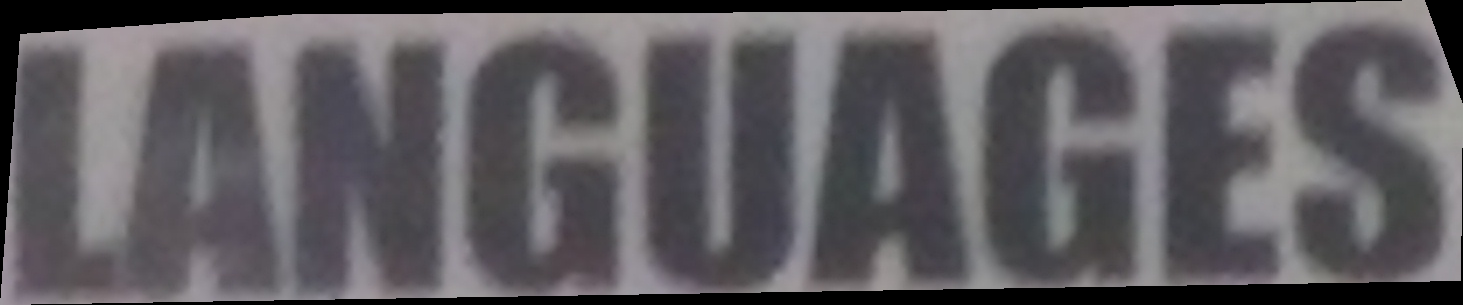
LANGUAGES